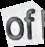
of